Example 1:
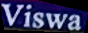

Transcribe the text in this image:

Viswa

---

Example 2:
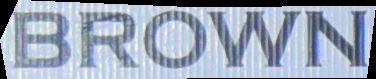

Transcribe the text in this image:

BROWN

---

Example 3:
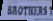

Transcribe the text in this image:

BROTHERS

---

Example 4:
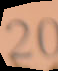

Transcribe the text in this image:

20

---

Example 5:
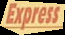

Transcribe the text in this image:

Express